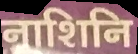
नाशिनि